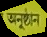
অনুষ্ঠান